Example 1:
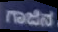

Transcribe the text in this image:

ಗಾಜಿನ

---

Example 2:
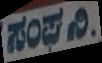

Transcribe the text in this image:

ಸಂಘ ನಿ.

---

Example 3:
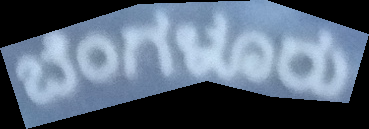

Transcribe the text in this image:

ಬೆಂಗಳೂರು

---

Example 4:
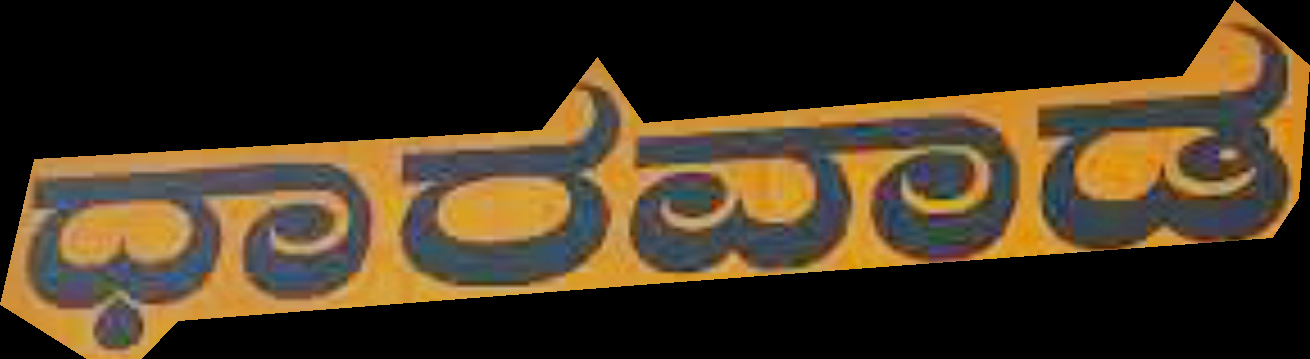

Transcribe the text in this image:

ಧಾರವಾಡ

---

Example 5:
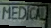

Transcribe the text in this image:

೧೬೦೦